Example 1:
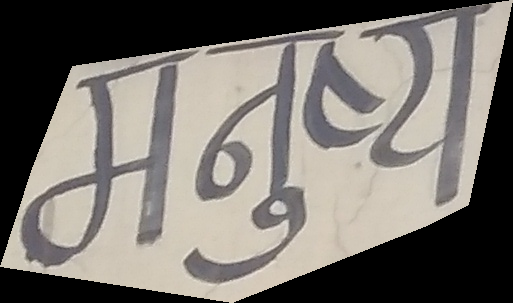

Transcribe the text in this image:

मनुष्य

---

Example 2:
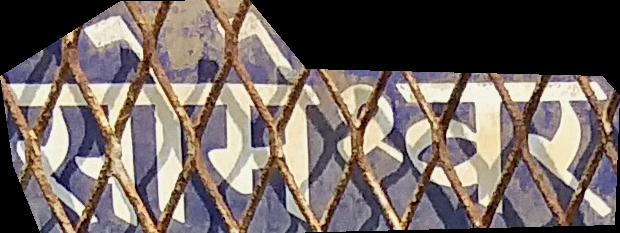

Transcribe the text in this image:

सोमेश्वर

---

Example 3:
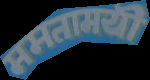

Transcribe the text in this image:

ममतामयी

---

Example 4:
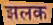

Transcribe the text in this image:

झलक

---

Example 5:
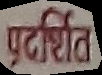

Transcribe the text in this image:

प्रदर्शित